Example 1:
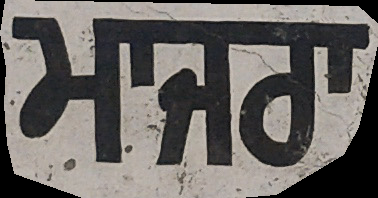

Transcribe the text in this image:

ਮਾਜਰਾ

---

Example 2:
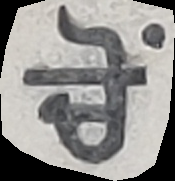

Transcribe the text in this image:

ਚੋਂ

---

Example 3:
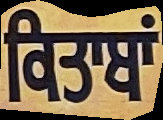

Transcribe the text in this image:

ਕਿਤਾਬਾਂ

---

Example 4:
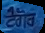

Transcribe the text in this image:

ਟੇਗੋਰ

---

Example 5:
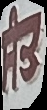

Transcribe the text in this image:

ਸੰਤ